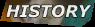
HISTORY